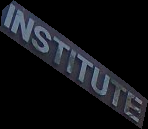
INSTITUTE